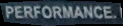
PERFORMANCE.